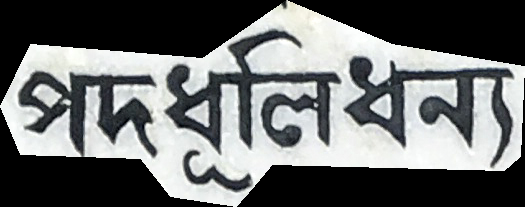
পদধূলিধন্য